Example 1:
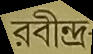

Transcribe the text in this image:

রবীন্দ্র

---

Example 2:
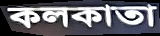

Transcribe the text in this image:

কলকাতা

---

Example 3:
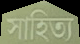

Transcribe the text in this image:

সাহিত্য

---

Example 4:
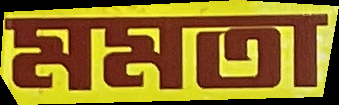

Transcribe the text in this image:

মমতা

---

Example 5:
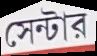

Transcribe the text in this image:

সেন্টার